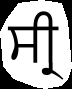
ਸ੍ਰੀ